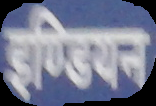
इण्डियन